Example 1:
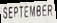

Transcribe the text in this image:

SEPTEMBER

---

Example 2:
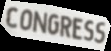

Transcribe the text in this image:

CONGRESS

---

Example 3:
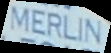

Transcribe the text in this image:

MERLIN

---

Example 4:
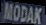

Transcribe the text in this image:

MODAK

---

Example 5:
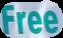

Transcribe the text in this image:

Free